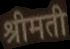
श्रीमती